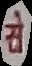
से